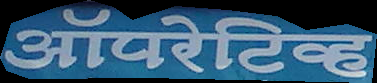
ऑपरेटिव्ह